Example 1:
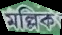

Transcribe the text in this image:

মল্লিক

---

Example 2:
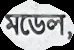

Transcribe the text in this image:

মডেল,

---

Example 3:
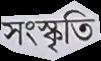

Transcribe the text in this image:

সংস্কৃতি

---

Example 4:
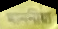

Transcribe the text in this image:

মাননীয়া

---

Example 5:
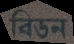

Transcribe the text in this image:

বিডন